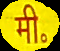
मी.